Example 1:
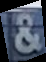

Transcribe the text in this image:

&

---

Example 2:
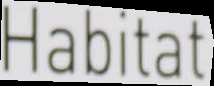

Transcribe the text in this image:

Habitat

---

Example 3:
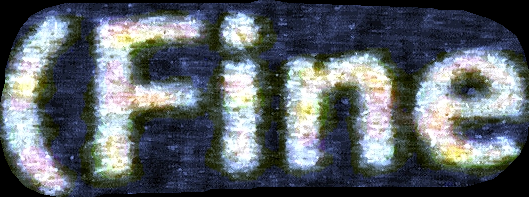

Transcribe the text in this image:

(Fine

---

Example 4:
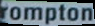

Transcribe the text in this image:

rompton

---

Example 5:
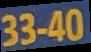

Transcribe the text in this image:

33-40